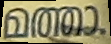
മത്താ